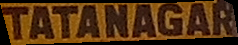
TATANAGAR